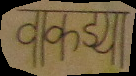
वाकड्या